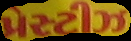
પ્રેસ્ટીઝ